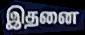
இதனை